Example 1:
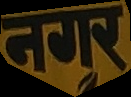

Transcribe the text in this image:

नगर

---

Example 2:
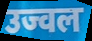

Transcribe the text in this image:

उज्वल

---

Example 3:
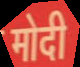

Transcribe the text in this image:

मोदी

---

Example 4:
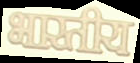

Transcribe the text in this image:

भारतीय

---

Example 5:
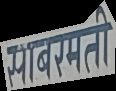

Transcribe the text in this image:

साबरमती